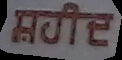
ਸ਼ਹੀਦ